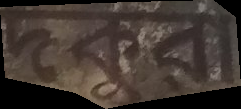
দকুৱা